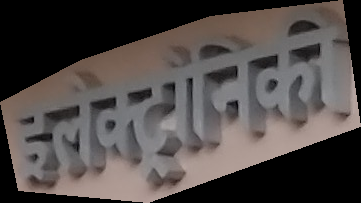
इलेक्ट्रोनिकी